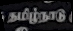
தமிழ்நாடு